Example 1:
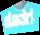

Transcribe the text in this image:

ಚೂತಗ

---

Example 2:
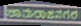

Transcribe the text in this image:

ಚಾಮರಾಜನಗರ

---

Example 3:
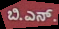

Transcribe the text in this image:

ಬಿ.ಎನ್.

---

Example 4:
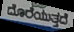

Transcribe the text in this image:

ದೊರೆಯುತ್ತದ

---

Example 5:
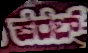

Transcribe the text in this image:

ಪದಬ್